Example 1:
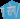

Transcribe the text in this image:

रोग/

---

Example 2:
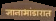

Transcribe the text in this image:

ज्ञानाभांडारात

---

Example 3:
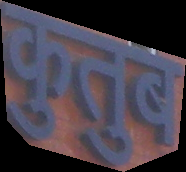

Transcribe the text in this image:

कुतुब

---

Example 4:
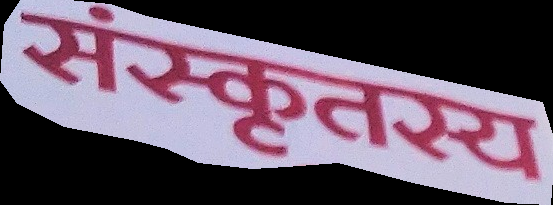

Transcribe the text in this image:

संस्कृतस्य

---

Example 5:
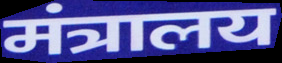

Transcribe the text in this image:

मंत्रालय